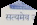
सत्यमेव